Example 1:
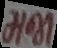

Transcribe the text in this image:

મજા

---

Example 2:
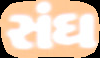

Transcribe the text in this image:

સંઘ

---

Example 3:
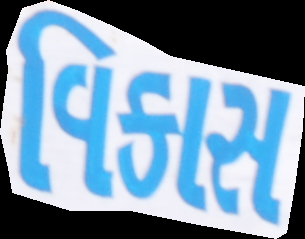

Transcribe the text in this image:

વિકાસ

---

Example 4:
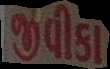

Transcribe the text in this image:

જીવીકા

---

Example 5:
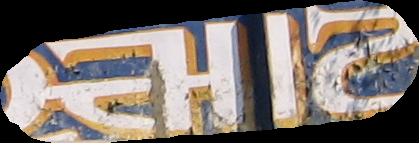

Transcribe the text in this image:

સ્માર્ટ